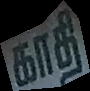
காதி